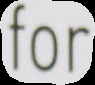
for